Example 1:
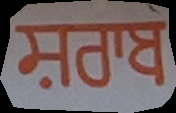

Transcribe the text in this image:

ਸ਼ਰਾਬ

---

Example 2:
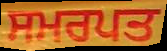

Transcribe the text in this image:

ਸਮਰਪਤ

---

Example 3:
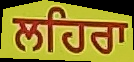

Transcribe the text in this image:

ਲਹਿਰ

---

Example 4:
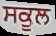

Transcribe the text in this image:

ਸਕੂਲ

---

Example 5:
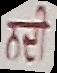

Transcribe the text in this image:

ਨਦੀ